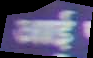
आई।